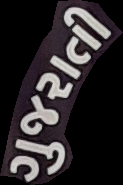
ગુજરાતી